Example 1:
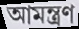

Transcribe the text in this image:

আমন্ত্রণ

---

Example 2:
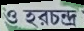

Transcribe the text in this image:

ওহরচন্দ্র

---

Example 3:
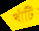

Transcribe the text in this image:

খাঁটি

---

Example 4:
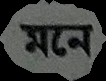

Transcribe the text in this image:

মনে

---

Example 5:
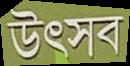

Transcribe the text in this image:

উৎসব